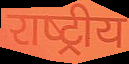
राष्ट्रीय